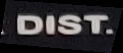
DIST.